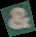
&